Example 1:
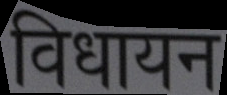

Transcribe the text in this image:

विधायन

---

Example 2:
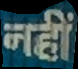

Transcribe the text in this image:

नहीं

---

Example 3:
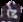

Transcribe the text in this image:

रोड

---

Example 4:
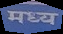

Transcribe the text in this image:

मध्य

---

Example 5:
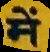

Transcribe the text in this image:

में